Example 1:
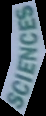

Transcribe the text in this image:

SCIENCES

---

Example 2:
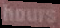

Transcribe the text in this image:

hours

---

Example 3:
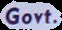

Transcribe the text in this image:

Govt.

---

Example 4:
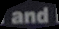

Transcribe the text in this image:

and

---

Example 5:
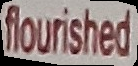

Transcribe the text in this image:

flourished